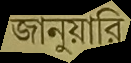
জানুয়ারি